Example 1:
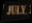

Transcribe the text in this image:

JULY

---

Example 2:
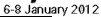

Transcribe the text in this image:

6-8January2012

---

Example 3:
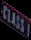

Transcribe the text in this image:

CLASS1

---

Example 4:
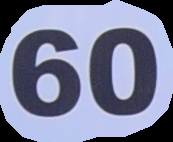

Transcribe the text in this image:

60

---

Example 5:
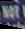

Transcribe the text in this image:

NOT